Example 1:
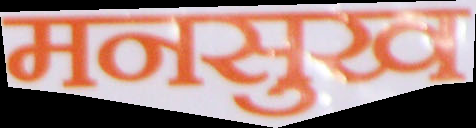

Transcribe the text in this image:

मनसुख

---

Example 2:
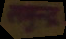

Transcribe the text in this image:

लघुन्द्र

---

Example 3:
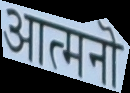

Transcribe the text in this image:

आत्मनॊ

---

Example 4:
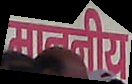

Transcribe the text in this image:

नीय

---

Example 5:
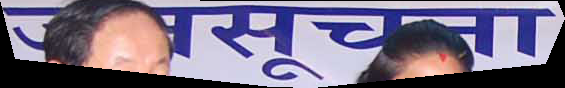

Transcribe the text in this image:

सूच